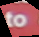
to